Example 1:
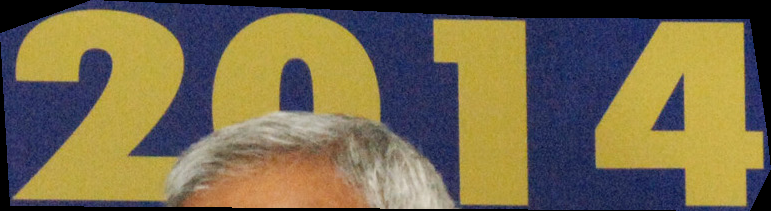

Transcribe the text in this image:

2014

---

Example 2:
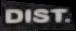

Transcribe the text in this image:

DIST.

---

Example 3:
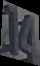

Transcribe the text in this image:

14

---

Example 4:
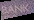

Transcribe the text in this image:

BANK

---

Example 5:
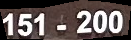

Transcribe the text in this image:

151-200